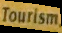
Tourism